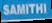
SAMITHI